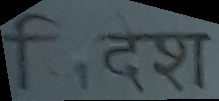
देश